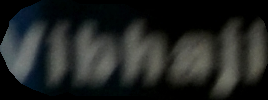
Vibhaji